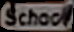
School